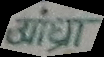
आंध्रा